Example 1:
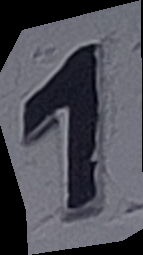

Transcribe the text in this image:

1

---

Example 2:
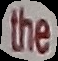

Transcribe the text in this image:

the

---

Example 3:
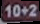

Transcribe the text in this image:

10+2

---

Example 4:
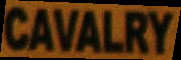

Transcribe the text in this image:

CAVALRY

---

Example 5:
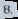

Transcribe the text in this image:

8.